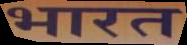
भारत